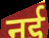
नई